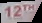
12TH